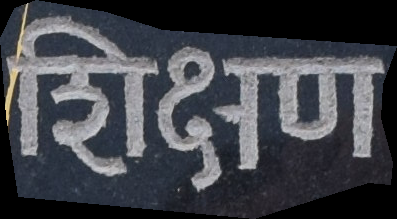
शिक्षण